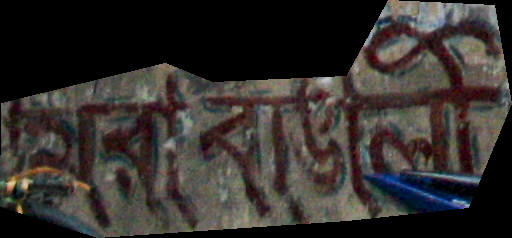
অপুর বাঙালী